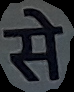
सेे